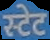
स्टेट